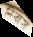
নিবাস